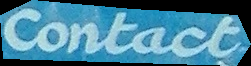
Contact